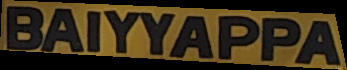
BAIYYAPPA